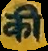
क‍ी